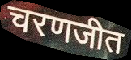
चरणजीत